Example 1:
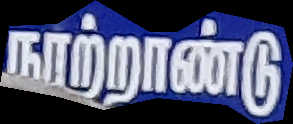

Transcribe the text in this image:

நாற்றாண்டு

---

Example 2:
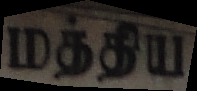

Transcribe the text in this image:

மத்திய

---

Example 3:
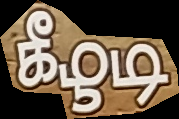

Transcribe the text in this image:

கீழடி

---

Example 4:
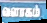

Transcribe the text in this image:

வளாகம்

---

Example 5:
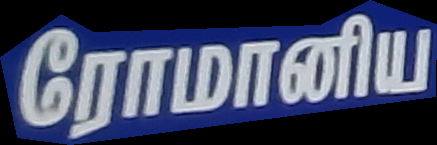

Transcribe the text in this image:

ரோமானிய